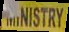
NISTRY